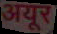
अयूर